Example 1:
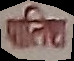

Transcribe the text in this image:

पालिश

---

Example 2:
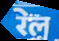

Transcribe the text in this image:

रेल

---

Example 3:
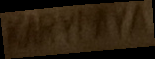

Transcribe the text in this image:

१४२१४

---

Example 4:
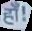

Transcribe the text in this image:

हाँ।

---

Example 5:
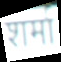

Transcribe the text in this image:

शर्मा